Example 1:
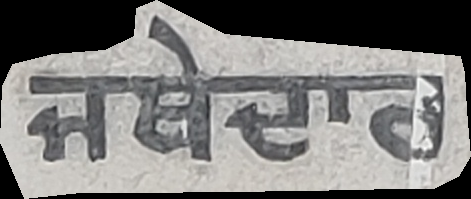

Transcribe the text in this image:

ਜਥੇਦਾਰ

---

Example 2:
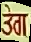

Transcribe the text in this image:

ਤੇਗ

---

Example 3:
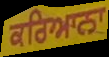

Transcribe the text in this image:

ਕਰਿਆਨਾ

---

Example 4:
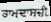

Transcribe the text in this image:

ਰਾਮਦਾਸਜ਼ੀ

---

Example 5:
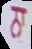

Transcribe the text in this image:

ਨਾ